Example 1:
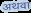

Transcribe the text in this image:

अथवा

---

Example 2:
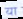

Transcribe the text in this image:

या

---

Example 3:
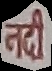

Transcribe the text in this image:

नदी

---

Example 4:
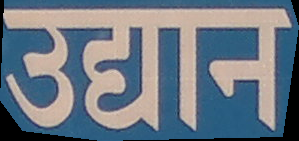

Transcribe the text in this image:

उद्यान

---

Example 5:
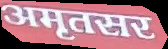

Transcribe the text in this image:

अमृतसर